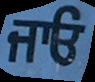
ਜਾਓ